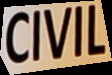
CIVIL